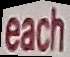
each